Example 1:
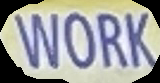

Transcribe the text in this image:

WORK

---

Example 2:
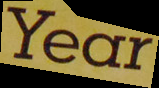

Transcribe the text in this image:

Year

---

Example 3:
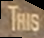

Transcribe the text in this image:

THIS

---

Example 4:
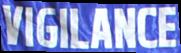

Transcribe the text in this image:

VIGILANCE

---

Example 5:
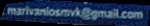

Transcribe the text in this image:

marivaniosmvk@gmail.com